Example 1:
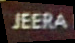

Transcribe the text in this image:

JEERA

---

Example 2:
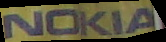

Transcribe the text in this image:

NOKIA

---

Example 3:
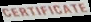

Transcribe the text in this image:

CERTIFICATE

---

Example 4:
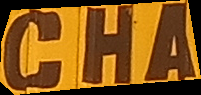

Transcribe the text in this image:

CHA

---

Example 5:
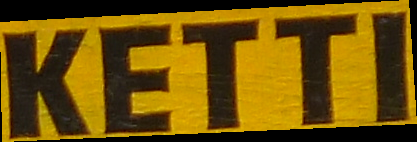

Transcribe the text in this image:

KETTI